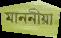
মাননীয়া৷৷